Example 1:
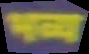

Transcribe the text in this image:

भव्य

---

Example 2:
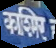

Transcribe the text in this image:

काश्मिर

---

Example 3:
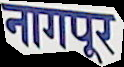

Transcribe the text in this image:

नागपूर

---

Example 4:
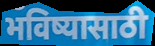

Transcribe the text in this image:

भविष्यासाठी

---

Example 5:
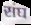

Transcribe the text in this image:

संघ